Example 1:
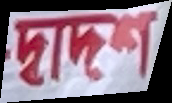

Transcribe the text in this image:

দ্বাদশ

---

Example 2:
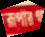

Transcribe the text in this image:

রূপার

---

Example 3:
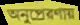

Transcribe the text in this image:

অনুপ্রেৱণায়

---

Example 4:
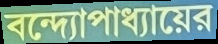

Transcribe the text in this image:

বন্দ্যোপাধ্যায়ের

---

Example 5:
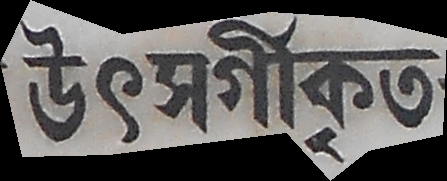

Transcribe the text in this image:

উৎসর্গীকৃত